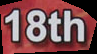
18th